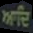
ਆਦਿ